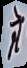
ਜੇ